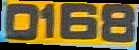
0168